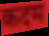
कदम